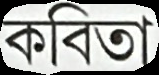
কবিতা